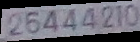
26444210